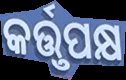
କର୍ତ୍ତୃପକ୍ଷ